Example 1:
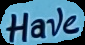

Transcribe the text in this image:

Have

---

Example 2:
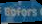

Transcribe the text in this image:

Befors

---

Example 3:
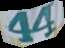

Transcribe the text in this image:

44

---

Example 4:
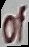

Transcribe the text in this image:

of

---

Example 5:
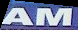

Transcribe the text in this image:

AM